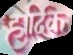
हार्दिक